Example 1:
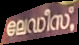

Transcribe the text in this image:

ലേഡീസ്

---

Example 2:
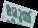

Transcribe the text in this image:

മരുന്ന്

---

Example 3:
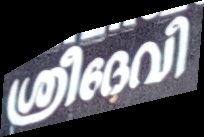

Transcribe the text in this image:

ശ്രീദേവി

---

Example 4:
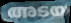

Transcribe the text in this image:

അടയ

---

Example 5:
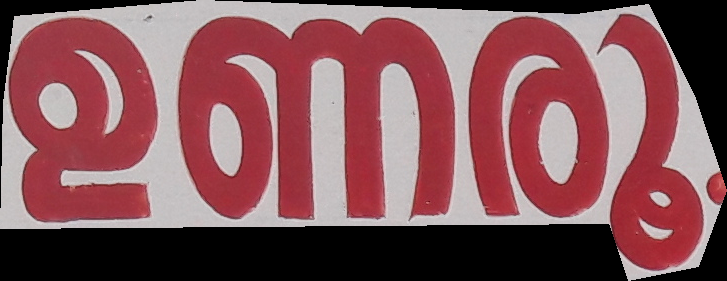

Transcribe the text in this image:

ഉണരൂ